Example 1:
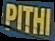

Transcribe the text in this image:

PITHI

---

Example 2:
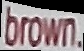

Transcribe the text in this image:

brown.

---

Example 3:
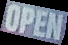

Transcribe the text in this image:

OPEN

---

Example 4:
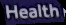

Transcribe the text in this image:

Health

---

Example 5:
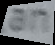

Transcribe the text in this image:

an